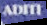
ADITI